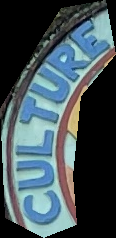
CULTURE